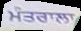
ਮੰਤਰਾਲ